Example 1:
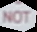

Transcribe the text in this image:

NOT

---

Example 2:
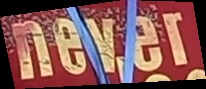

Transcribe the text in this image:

never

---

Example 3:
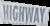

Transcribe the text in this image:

HIGHWAY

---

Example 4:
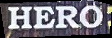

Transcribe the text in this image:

HERO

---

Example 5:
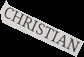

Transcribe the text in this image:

CHRISTIAN